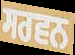
ਸਰਵਨ